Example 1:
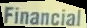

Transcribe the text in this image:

Financial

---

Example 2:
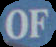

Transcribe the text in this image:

OF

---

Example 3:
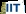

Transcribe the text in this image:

IIT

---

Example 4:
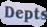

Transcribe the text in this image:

Depts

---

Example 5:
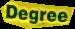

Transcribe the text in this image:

Degree